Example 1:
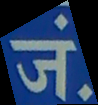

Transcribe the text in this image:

जं.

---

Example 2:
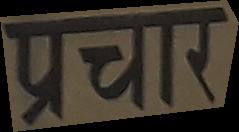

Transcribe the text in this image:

प्रचार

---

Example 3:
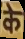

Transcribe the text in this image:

के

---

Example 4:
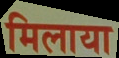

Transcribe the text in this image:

मिलाया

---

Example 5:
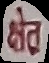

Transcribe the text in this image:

क्षेत